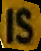
IS